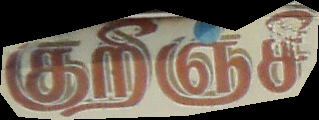
குறிஞசி